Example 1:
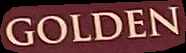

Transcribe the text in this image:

GOLDEN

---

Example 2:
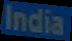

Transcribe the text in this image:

India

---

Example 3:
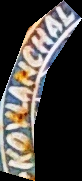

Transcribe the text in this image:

KOVLANCHAL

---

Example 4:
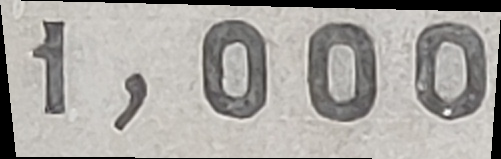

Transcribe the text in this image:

1,000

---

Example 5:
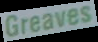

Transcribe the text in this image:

Greaves